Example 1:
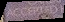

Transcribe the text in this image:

ACCEPTED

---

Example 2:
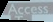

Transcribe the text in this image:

Access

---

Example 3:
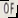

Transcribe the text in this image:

OF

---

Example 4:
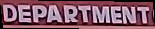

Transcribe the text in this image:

DEPARTMENT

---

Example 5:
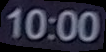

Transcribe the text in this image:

10:00